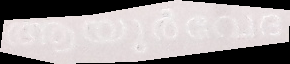
ആയുർ‌വേദ